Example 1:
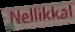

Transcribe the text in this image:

Nellikkal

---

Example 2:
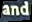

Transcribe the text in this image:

and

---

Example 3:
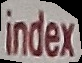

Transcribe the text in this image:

index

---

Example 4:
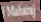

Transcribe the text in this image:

Maharaj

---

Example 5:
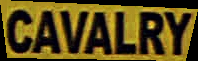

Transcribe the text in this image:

CAVALRY